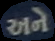
અને